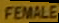
FEMALE